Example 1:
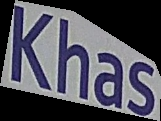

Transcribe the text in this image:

Khas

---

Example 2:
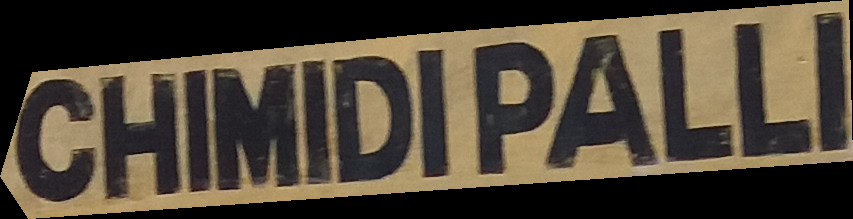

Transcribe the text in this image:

CHIMIDIPALLI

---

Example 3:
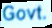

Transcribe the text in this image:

Govt.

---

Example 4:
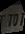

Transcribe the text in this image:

TO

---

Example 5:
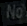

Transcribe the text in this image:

No